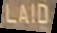
LAID